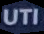
UTI